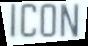
ICON